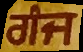
ਗੰਜ